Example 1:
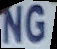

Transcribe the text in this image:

NG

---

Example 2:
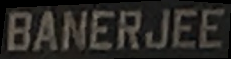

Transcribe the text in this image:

BANERJEE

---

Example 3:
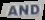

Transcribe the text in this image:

AND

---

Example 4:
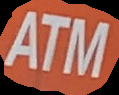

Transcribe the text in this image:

ATM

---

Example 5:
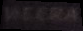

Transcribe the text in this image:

WEERA